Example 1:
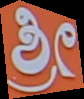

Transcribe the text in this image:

ಶ್ರೀ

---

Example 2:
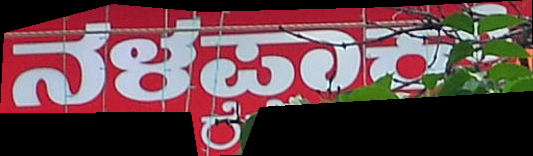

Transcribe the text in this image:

ನಳಪಾಕ್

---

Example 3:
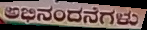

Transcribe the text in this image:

ಅಭಿನಂದನೆಗಳು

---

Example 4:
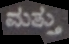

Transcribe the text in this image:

ಮತ್ತು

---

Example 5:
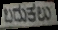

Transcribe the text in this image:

ಬದುಕಲು